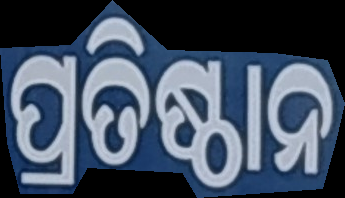
ପ୍ରତିଷ୍ଠାନ